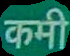
कमी